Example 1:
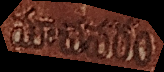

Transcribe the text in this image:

మాధవరం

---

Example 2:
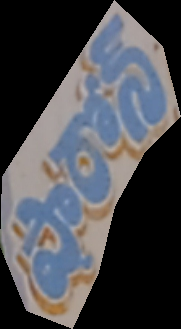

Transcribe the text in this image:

షారోన్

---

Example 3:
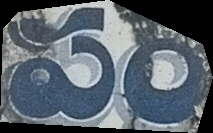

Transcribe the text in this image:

పం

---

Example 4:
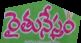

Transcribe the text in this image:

రైతునేస్తం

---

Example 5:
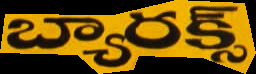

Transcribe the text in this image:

బ్యారక్స్